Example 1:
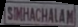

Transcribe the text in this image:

SIMHACHALAM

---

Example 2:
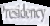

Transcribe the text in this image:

residency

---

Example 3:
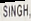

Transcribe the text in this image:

SINGH,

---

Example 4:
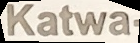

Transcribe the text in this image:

Katwa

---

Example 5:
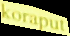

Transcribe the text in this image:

koraput.